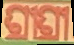
ଶ୍ରେଣୀ